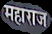
महाराज